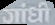
गांधी